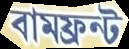
বামফ্রন্ট